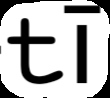
tī